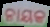
ନାୟକ